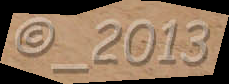
©_2013